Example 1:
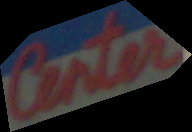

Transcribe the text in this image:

Center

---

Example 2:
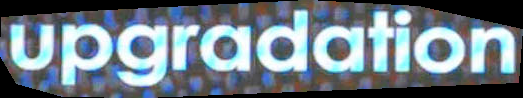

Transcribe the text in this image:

upgradation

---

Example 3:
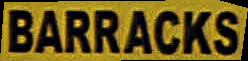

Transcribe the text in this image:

BARRACKS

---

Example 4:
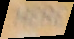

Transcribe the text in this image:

HERE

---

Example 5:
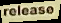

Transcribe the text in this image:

release